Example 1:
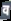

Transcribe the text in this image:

व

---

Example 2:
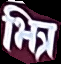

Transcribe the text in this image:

भित्र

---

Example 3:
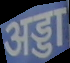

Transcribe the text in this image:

अड्डा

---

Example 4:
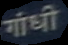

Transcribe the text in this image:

गांधी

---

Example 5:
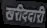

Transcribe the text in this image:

खरीददारी